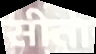
सीता